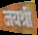
जयश्री